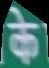
के